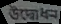
উদ্বোধন